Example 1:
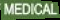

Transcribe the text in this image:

MEDICAL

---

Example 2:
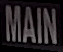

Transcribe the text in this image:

MAIN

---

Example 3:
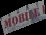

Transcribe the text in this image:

MOBILE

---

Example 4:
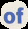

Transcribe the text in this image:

of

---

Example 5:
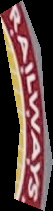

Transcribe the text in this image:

RAILWAYS